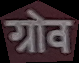
ग्रोव